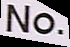
No.